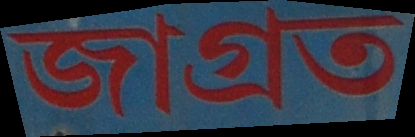
জাগ্রত